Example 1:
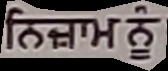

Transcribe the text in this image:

ਨਿਜ਼ਾਮਨੂੰ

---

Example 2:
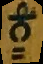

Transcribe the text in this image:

ਨੂੰ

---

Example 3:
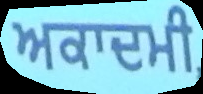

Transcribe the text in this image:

ਅਕਾਦਮੀ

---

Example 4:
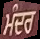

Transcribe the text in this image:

ਮੰਦਰ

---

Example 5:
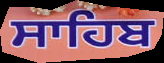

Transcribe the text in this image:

ਸਾਹਿਬ